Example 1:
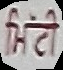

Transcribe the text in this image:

ਮਿੱਟੀ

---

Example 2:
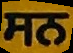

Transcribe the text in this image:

ਸਨ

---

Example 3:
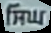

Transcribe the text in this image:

ਸਿਘ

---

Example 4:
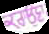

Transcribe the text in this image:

ਕਰਾਉਵਾ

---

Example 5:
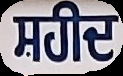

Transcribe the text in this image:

ਸ਼ਹੀਦ